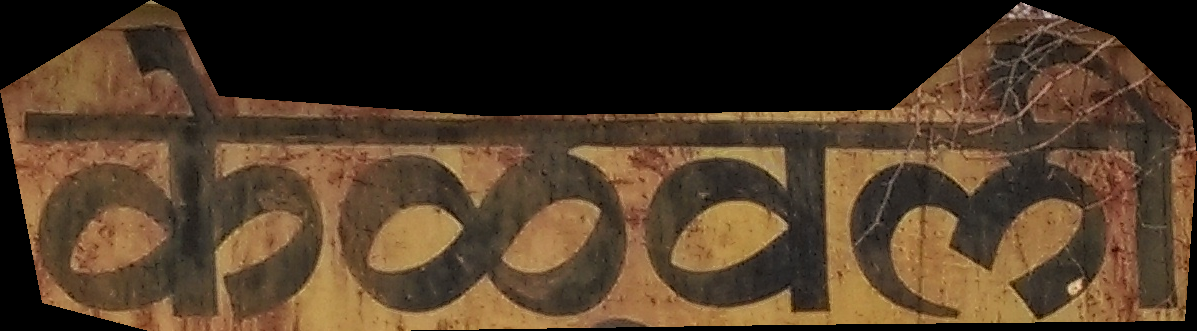
केळवली